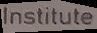
Institute